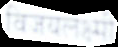
विजयलक्ष्मी